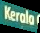
Kerala